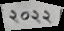
২০২২